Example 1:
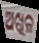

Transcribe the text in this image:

ଅଖିଲ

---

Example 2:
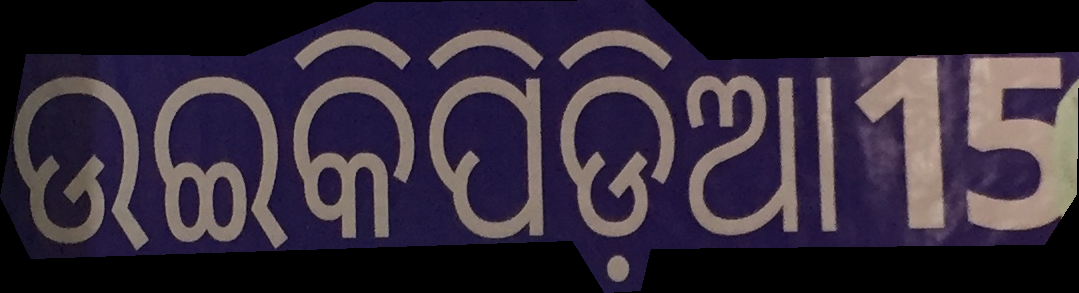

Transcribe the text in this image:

ଉଇକିପିଡ଼ିଆ15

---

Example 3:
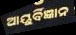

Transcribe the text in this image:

ଆୟୁର୍ବିଜ୍ଞାନ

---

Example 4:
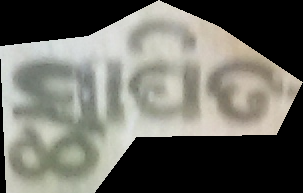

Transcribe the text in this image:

ସ୍ଥାପିତ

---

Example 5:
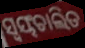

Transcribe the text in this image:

ସ୍ବୟଂଚାଲିତ